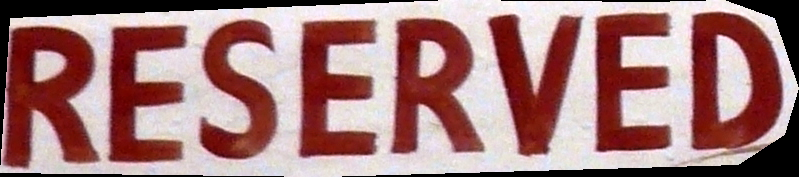
RESERVED